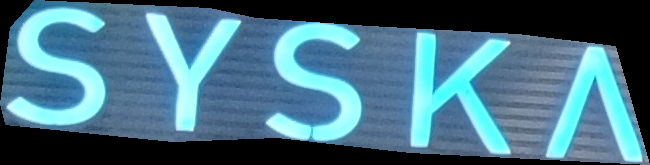
SYSKA